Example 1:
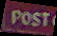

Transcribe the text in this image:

POST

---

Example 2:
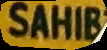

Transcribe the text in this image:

SAHIB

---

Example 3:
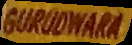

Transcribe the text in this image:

GURUDWARA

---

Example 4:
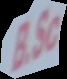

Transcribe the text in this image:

B.Sc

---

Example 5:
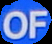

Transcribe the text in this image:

OF